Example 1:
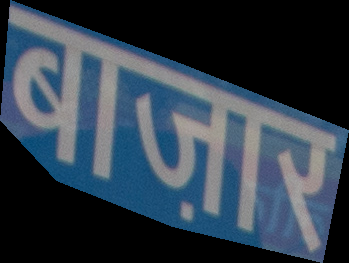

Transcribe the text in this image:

बाजा़र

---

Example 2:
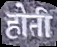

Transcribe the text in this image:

होती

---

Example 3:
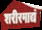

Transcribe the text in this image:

शरीरमाद्यं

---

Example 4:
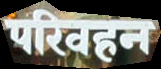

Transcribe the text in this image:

परिवहन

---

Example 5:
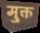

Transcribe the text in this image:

मुक्त